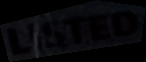
LISTED